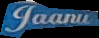
Jaanu